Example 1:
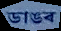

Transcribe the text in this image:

ডাঙব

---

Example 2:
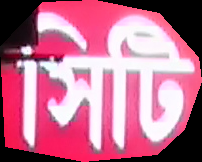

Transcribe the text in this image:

সিটি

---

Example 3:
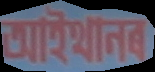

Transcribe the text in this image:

আইথানৰ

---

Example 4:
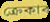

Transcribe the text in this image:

ক্রেকার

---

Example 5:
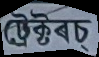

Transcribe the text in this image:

ট্ৰেক্টৰচ্